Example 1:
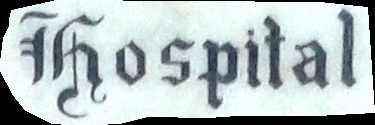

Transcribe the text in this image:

hospital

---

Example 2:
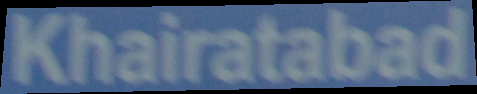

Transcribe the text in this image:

Khairatabad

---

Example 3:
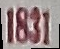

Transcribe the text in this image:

1831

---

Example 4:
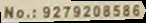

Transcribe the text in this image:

No.:9279208586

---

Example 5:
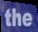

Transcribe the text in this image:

the